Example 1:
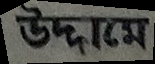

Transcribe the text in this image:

উদ্দামে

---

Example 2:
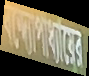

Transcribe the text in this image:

বন্দ্যোপাধ্যায়ের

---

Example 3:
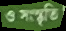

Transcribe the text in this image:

ও সংস্কৃতি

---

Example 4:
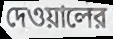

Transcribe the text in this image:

দেওয়ালের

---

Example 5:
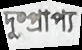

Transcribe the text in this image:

দুষ্প্রাপ্য